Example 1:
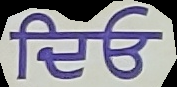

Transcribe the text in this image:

ਦਿਓ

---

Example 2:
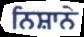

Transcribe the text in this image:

ਨਿਸ਼ਾਨੇ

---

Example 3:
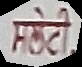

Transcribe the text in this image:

ਸਲੇਟੀ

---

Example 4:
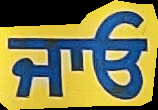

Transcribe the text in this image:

ਜਾਓ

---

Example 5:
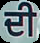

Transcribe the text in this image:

ਦੀ